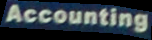
Accounting